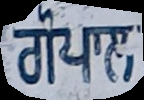
ਗੋੋਪਲ